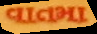
વાતમા